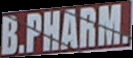
B.PHARM.